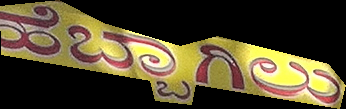
ಹಬ್ಬಾಗಿಲು